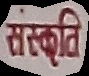
संस्कृति